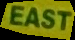
EAST